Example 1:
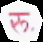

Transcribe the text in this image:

रु.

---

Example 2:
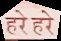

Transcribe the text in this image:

हरेहरे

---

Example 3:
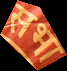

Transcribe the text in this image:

सभा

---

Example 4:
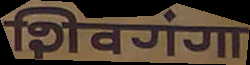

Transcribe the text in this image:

शिवगंगा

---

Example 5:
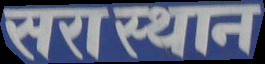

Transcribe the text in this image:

सरास्थान